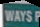
WAYS